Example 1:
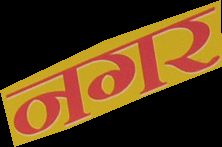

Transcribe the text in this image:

नगर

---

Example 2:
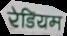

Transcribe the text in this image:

रेडियम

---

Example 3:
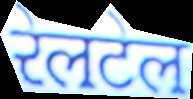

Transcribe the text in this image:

रेलटेल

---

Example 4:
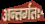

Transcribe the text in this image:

अन्तर्गतः-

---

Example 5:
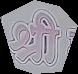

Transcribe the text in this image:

श्री